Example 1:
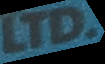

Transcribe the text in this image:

LTD.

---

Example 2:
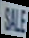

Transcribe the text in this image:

SALE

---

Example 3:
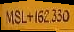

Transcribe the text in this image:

MSL+162.330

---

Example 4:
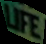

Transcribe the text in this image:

LIFE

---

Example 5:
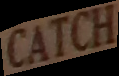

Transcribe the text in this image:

CATCH